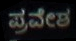
ಪ್ರವೇಶ